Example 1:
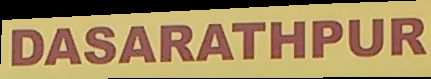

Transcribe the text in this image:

DASARATHPUR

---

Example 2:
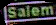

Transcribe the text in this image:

Salem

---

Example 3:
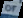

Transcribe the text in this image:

OF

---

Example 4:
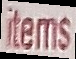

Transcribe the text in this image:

items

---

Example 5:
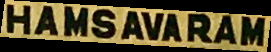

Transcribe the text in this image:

HAMSAVARAM